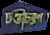
চণ্ডীচরণ